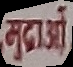
मुद्राओं